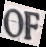
OF